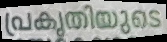
പ്രകൃതിയുടെ